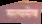
मात्यमेव